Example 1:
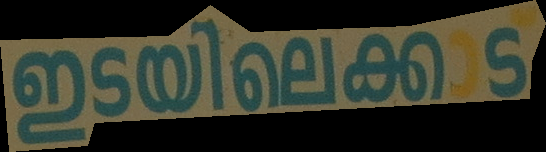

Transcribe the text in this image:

ഇടയിലെക്ക് ട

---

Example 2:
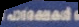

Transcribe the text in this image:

പാദരക്ഷകൾ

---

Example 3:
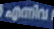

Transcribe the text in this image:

എന്നിവ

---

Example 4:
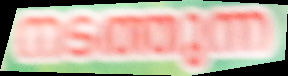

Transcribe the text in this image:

നട‌ത്തുന്ന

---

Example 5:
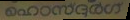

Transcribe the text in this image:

ഹൊസ്ദുർഗ